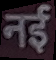
नई